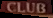
CLUB